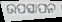
ଉପସ୍ଥାପନ